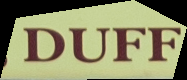
DUFF